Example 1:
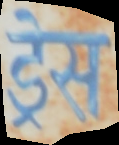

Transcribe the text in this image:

ड्रेस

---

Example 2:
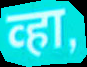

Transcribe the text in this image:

व्हा,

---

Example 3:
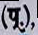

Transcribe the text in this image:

(पू.),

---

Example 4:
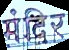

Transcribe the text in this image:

मंदिर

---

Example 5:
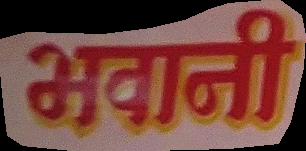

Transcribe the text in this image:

भवानी